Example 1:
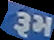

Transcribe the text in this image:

३મ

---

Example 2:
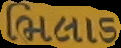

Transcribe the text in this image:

ભિલાડ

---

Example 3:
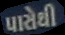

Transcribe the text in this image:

પ1સેથી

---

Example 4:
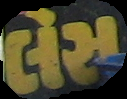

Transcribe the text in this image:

લેસ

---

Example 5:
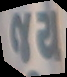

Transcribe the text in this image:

જય